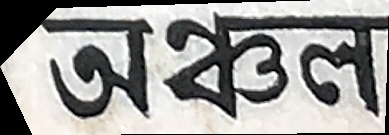
অঞ্চল